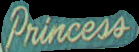
Princess